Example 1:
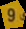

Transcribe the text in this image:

9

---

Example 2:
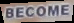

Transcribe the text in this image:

BECOME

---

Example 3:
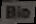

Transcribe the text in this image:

Bio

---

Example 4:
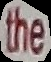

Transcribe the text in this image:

the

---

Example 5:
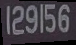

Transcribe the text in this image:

129156